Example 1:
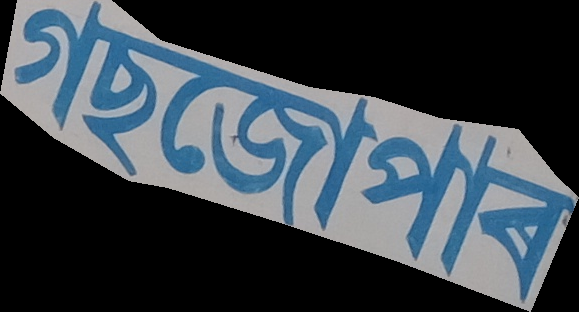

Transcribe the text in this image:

গছজোপাৰ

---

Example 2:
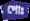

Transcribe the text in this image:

পোঃ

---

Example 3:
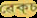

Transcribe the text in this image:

রেক্ট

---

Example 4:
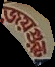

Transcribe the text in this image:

জয়গুরু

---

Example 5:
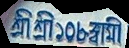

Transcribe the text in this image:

শ্রীশ্রী ১০৮ স্বামী